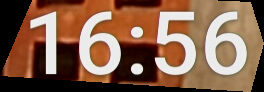
16:56